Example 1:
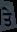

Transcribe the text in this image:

ਤੇ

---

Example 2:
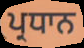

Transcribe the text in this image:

ਪ੍ਰਧਾਨ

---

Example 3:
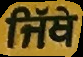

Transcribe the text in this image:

ਜਿੱਥੇ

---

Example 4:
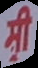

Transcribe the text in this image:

ਸ੍ਰ਼ੀ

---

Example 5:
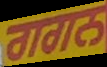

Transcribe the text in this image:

ਗਗਨ